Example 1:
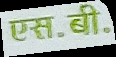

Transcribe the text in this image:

एस.बी.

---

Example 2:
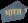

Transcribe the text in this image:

भारत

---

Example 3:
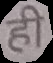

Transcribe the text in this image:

ही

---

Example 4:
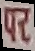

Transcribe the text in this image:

पर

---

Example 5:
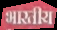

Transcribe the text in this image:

भारतीय